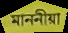
মাননীয়া